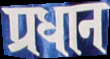
प्रधान